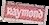
Raymond